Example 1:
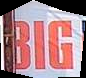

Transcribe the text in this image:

BIG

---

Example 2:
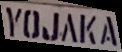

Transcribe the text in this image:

YOJAKA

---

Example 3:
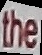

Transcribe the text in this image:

the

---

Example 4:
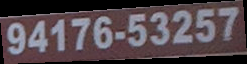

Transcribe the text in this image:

94176-53257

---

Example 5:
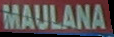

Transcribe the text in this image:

MAULANA